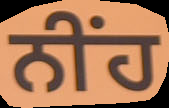
ਨੀਂਹ